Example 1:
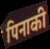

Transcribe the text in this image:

पिनाकी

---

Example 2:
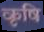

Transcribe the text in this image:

कृषि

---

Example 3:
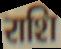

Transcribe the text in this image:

राशि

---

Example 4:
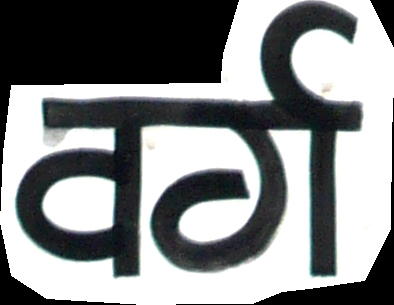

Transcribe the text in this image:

वर्ग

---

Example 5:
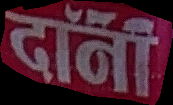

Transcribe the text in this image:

दॉनी